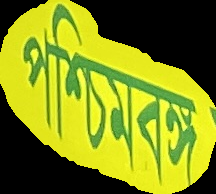
পশ্চিমবঙ্গ